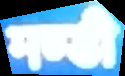
मण्डी